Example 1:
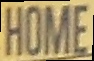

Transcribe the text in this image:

HOME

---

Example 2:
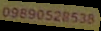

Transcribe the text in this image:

09890528538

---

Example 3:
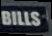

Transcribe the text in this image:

BILLS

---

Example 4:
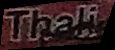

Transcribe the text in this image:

Thali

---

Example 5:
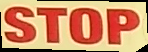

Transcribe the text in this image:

STOP